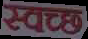
स्वच्छ